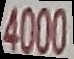
4000